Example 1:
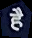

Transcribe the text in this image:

है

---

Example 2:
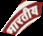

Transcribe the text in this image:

भारतीय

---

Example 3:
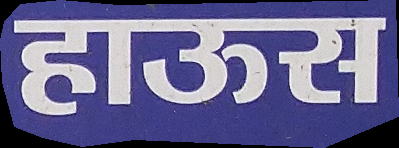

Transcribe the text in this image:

हाऊस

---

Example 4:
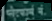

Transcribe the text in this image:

प्लेटफार्म नं.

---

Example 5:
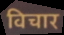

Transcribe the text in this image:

विचार